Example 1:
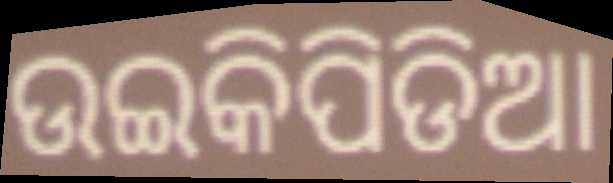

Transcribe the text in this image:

ଉଇକିପିଡିଆ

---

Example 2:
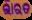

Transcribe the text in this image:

ଭାରତ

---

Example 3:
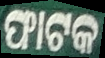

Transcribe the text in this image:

ଫାଟକ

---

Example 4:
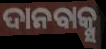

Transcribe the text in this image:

ଦାନବାକ୍ସ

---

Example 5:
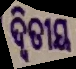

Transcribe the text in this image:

ଦ୍ବିତୀୟ